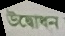
উদ্বোধন